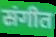
संगीत